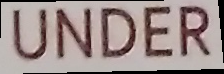
UNDER